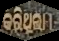
କରିଥିଲା